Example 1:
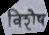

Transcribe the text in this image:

विशेष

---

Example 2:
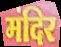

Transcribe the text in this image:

मंदिर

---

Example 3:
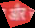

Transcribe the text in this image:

और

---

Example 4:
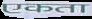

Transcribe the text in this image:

एकता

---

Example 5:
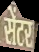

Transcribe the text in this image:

सेंटर